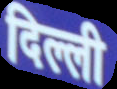
दिल्ली